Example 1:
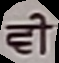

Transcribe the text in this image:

ਵੀ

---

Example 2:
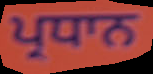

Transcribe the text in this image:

ਪ੍ਰਧਾਨ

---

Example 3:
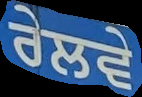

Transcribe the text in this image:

ਰੇਲਵੇ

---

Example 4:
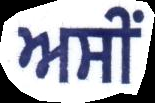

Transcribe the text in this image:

ਅਸੀਂ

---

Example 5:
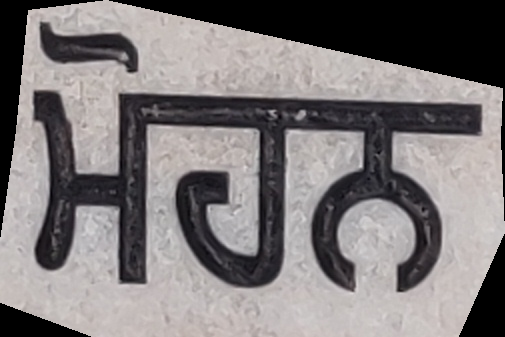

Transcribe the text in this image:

ਮੋਹਨ